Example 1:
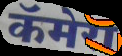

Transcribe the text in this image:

कॅमेरा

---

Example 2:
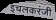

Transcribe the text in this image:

इचलकरंजी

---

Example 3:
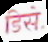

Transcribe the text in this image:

डिसे.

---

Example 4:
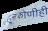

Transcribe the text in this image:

कोणीही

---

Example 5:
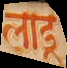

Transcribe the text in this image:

लाडू